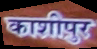
काशीपुर